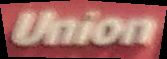
Union